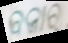
ବଜାର